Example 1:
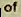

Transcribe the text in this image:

of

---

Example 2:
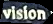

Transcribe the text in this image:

vision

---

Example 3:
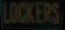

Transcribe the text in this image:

LOCKERS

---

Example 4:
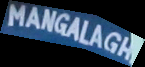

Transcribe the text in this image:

MANGALAGH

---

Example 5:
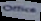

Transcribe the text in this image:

Office